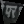
पर